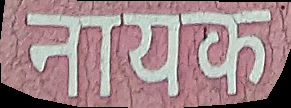
नायक